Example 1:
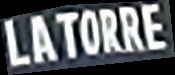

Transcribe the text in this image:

LATORRE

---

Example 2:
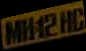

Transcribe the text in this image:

MH12HC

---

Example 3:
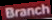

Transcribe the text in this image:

Branch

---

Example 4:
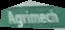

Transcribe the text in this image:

Agrimech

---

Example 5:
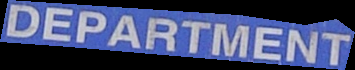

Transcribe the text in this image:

DEPARTMENT